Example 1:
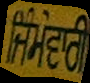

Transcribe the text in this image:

ਜਿੰਮੇਵਾਰੀ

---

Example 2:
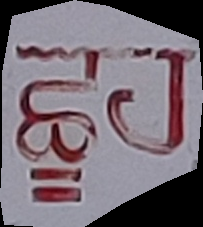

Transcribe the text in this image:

ਛੂਹ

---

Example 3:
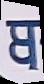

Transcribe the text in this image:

ਬ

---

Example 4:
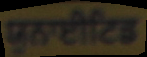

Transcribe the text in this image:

ਯੂਨਾਈਟਿਡ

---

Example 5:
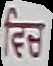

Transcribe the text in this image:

ਵਿਚ